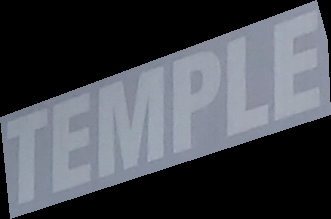
TEMPLE